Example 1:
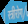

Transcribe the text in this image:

स्त्रीरोग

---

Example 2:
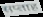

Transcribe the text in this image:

सप्‍ताह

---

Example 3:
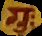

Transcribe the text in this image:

गुः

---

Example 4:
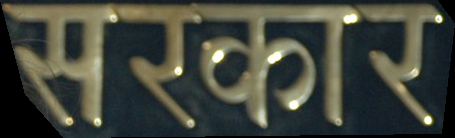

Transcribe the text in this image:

सरकार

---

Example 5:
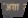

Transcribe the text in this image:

आशा